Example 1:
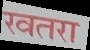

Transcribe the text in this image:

रवतरा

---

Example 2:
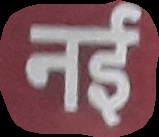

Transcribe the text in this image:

नई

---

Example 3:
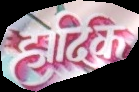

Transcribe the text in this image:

हार्दिक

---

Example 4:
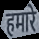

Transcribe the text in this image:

हमारे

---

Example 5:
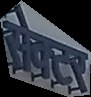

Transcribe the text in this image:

सेक्टर